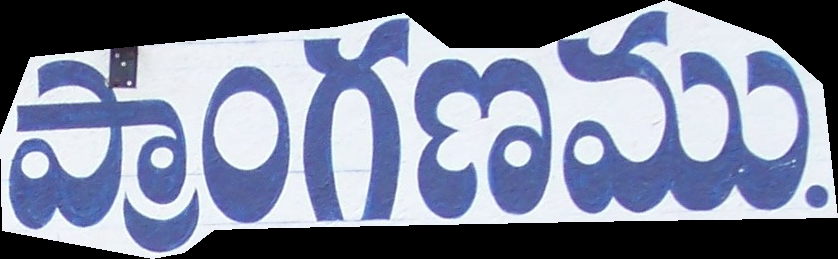
ప్రాంగణము.